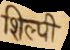
शिल्पी